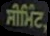
ਸੀਮਿੰਟ